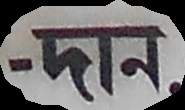
-দান